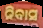
ନିବାସ